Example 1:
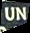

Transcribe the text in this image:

UN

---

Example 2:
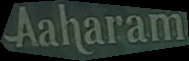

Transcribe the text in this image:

Aaharam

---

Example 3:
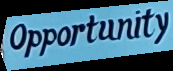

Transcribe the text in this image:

Opportunity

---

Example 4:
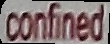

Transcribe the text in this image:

confined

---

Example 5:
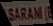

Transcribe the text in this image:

SARANI(E